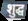
शुद्ध